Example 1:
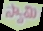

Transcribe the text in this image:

స్వామి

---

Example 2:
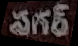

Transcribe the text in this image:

సగర్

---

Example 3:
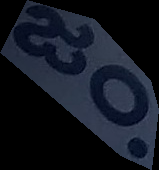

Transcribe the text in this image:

జం.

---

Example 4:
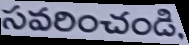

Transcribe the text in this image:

సవరించండి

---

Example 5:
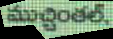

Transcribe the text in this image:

ముచ్చింతల్,